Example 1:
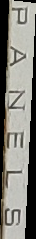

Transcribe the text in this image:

PANELS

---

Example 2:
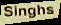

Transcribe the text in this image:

Singhs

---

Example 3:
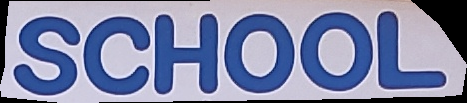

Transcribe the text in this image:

SCHOOL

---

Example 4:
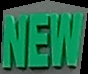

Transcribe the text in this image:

NEW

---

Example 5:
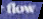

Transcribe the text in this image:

flow